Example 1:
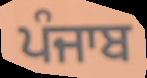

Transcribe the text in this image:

ਪੰਜਾਬ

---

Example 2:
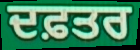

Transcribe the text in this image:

ਦਫ਼ਤਰ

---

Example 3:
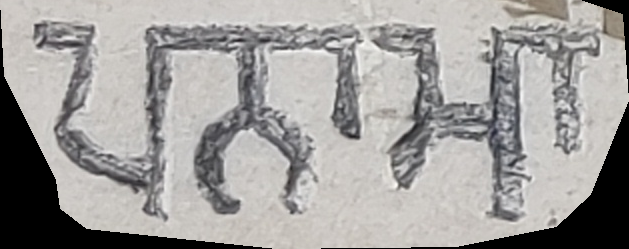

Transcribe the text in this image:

ਪਨਾਮਾ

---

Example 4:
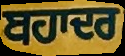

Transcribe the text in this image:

ਬਹਾਦਰ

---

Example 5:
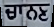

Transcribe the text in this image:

ਚਾਨਣ